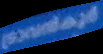
ട്രാവൻകൂർ